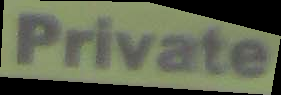
Private